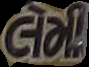
લેમી